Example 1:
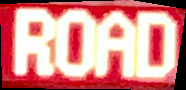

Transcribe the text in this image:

ROAD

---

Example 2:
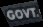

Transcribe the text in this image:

GOVT.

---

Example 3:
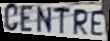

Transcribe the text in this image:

CENTRE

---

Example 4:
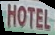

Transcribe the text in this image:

HOTEL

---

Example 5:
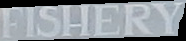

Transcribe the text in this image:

FISHERY